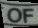
OF